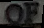
OF